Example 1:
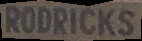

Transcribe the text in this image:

RODRICKS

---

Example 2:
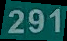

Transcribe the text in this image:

291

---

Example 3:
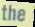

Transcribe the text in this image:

the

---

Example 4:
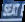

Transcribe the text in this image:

SEAT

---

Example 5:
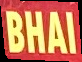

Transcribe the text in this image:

BHAI